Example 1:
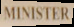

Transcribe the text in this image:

MINISTER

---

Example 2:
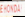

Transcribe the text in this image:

HONDA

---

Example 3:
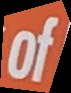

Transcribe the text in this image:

of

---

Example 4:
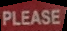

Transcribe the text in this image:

PLEASE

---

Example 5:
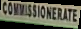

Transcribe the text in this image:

COMMISSIONERATE